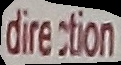
direction